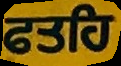
ਫਤਹਿ